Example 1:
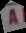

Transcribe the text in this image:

A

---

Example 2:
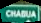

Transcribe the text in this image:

CHABUA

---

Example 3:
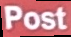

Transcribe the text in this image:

Post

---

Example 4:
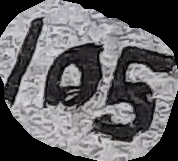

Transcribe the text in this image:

105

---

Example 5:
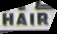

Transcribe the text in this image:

HAIR